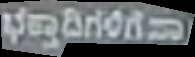
ಭಕ್ತಾದಿಗಳಿಗೆ ಸಾ